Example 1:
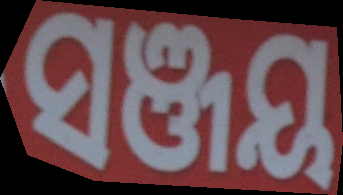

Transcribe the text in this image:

ସଞ୍ଜୟ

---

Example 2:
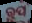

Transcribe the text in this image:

ର‌ପ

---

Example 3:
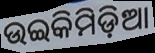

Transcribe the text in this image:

ଉଇକିମିଡ଼ିଆ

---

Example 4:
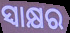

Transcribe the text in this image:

ସାକ୍ଷର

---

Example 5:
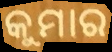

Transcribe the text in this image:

କୁମାର